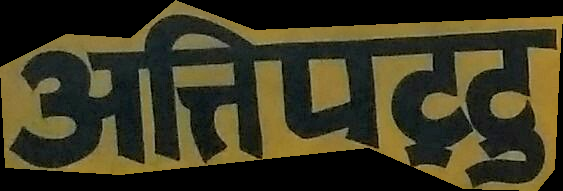
अत्तिपट्टु